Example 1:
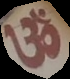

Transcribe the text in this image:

ॐ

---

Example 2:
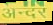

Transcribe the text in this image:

अन्दर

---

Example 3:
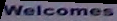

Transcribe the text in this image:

मंता८३००५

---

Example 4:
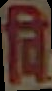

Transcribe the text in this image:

वि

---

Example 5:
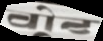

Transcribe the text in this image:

वोट